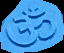
ॐ